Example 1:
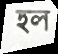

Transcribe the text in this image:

হল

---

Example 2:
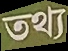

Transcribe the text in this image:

তথ্য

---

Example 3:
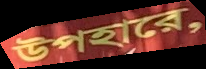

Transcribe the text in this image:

উপহারে,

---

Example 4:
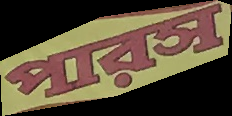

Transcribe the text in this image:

পাব়স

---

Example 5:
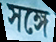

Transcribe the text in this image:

সঙ্গে